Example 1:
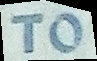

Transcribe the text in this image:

TO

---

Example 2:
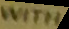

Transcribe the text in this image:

WITH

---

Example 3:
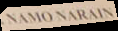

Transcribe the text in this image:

NAMONARAIN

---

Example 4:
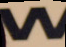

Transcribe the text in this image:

W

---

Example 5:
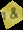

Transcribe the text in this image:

&